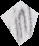
in)